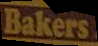
Bakers